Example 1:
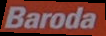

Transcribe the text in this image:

Baroda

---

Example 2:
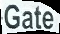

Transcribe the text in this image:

Gate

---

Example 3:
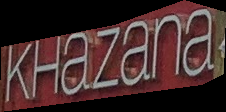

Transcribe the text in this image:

KHazana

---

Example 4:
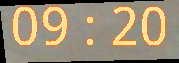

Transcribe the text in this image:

09:20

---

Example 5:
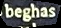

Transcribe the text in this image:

beghas